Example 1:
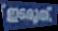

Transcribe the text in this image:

ഇടരുത്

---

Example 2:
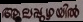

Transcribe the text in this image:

ആലമുഴയിൽ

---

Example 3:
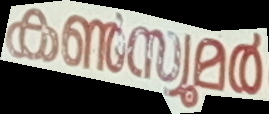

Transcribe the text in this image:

കൺസ്യമർ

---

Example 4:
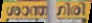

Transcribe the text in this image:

ശാന്തഗിരി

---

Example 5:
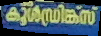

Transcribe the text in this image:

കൂൾഡ്രിങ്ക്സ്